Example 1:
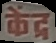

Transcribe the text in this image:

केंद्र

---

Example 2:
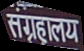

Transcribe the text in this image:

संग्रहालय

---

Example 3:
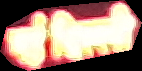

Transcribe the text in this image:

नई दिल्ली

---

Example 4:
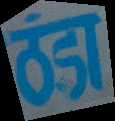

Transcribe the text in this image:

ठंडा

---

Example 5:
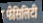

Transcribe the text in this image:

फेसिलिटी